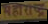
महाराष्ट्र